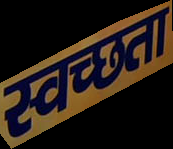
स्वच्छता